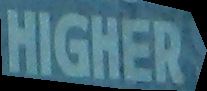
HIGHER